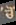
ਚੋ